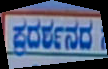
ಪ್ರದರ್ಶನದ